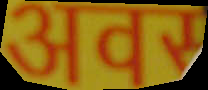
अवर